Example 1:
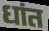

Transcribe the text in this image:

धांत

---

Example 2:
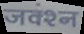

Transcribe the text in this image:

जंक्श्न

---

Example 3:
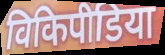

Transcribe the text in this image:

विकिपीडिया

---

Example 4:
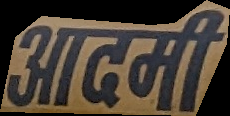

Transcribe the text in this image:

आदमी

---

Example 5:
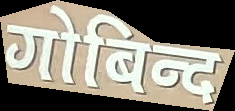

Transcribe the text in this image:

गोबिन्द